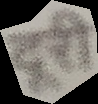
दूरी